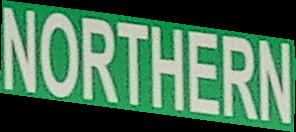
NORTHERN